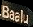
Baalu